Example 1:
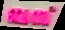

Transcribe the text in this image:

ബസ്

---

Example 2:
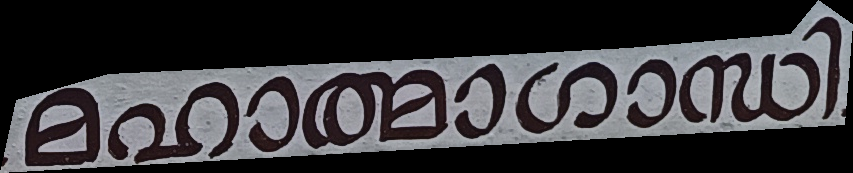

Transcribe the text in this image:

മഹാത്മാഗാഡി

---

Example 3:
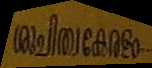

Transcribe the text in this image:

ശുചിത്വകേരളം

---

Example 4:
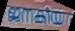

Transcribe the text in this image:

ജനകീയ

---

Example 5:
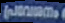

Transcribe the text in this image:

പ്രവേശനം